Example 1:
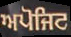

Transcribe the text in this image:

ਅਪੋਜਿਟ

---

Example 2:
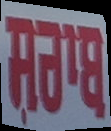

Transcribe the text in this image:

ਸਰਾਬ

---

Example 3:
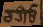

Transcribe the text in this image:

ਰਹੀਓ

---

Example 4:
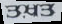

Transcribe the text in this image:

ਤਖ਼ਤ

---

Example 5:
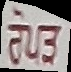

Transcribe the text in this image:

ਰੋਪੜ